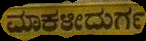
ಮಾಕಅದುರ್ಗ